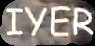
IYER